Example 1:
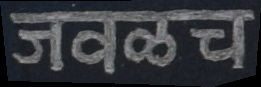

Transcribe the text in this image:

जवळच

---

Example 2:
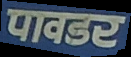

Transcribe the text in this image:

पावडर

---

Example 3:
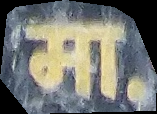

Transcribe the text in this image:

मा.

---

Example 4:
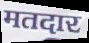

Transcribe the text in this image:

मतदार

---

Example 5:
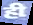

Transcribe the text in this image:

ही